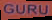
GURU